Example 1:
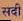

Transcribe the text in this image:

सदी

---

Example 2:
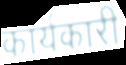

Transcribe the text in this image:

कार्यकारी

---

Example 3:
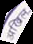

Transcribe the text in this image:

अखिल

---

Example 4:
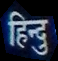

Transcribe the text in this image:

हिन्दु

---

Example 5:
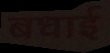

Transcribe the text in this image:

बधाई